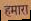
हमारा